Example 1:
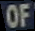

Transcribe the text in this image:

OF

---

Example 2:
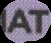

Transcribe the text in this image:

AT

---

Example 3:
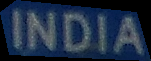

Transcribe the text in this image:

INDIA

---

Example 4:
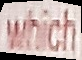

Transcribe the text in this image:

which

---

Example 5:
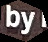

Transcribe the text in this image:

by